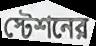
স্টেশনের